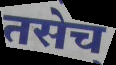
तसेच